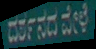
ದರ್ಶನದ್ರವೇಳೆ